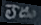
లేదు